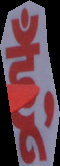
हूँ